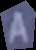
A